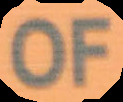
OF